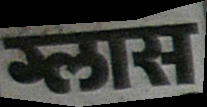
ग्लास